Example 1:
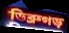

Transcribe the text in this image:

ডিব্ৰুগড়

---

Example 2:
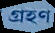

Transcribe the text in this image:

গ্ৰহণ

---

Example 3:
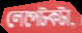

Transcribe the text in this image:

লেপেটকটা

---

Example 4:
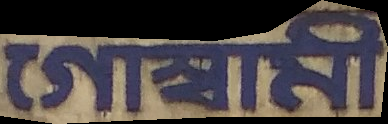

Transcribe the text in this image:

গোস্বামী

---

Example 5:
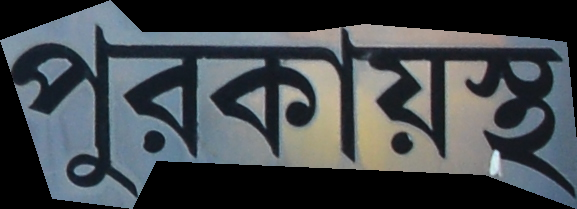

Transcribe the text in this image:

পুরকায়স্থ